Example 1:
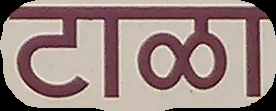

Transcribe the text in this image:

टाळा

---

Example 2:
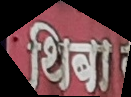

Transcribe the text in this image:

थिबा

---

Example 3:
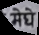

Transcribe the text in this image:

मेघे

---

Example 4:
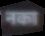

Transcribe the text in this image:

नका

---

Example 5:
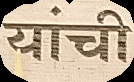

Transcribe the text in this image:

यांची